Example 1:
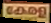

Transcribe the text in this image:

കേരള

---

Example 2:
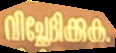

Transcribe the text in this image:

വിച്ഛേദിക്കുക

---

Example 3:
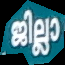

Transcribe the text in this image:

ജില്ലാ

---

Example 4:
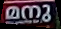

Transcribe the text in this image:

മനു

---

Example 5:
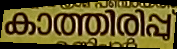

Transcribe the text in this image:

കാത്തിരിപ്പ്